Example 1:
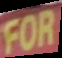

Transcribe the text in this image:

FOR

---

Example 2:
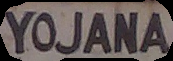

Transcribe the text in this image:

YOJANA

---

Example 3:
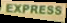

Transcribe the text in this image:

EXPRESS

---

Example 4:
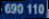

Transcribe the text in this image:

690110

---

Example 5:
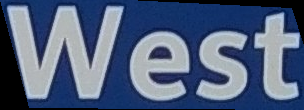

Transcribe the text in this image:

West